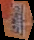
তৃণমূল